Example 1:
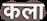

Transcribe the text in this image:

कला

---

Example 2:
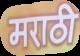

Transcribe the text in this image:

मराठी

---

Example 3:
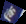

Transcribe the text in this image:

स्था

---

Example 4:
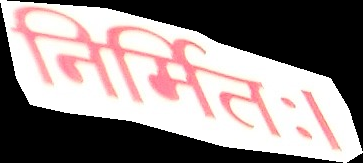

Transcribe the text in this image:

निर्मितः।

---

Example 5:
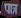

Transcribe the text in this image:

पात्र